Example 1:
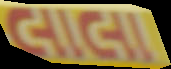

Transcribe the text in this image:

લાલા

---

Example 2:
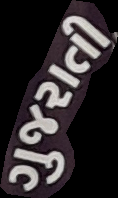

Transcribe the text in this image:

ગજરાતી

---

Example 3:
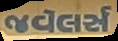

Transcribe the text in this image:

જવેલર્સ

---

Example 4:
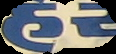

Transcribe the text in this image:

હર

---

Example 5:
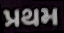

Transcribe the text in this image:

પ્રથમ